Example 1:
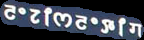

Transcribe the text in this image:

ꯂꯦꯖꯤꯁꯂꯦꯇꯤꯚ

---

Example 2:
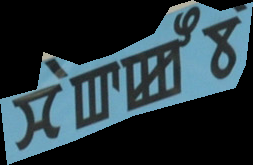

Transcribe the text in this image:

ꯆꯥꯛꯀꯧꯕ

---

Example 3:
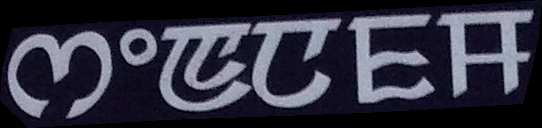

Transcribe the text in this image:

ꯁꯦꯟꯅꯐꯝ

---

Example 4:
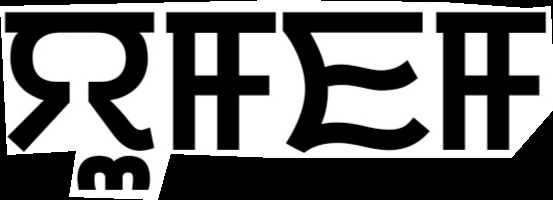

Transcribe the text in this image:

ꯌꯨꯝꯐꯝ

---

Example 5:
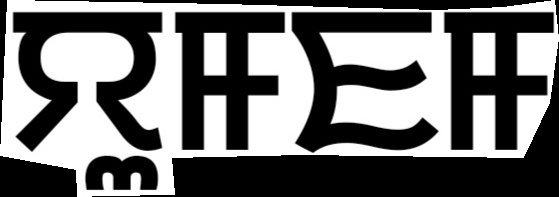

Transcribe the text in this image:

ꯌꯨꯝꯐꯝ